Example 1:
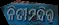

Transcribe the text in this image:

ନିତୀମନ୍ଦିର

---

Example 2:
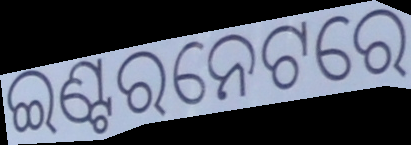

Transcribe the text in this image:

ଇଣ୍ଟରନେଟରେ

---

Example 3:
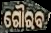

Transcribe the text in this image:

ଗୌରବ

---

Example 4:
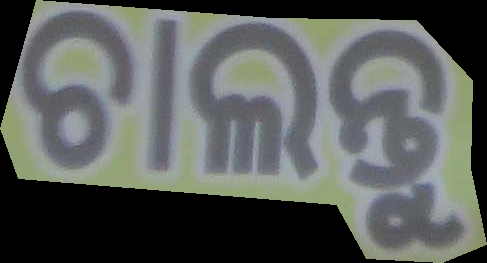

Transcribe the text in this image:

ଚାଲନ୍ତୁ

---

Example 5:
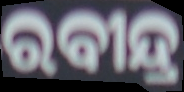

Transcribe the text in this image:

ରବୀନ୍ଦ୍ର